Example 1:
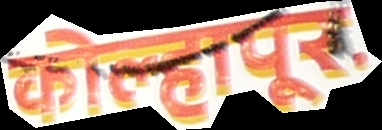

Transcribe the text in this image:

कोल्हापूर.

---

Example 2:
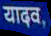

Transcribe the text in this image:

यादव,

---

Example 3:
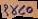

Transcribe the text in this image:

१४८०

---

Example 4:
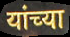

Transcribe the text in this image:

यांच्या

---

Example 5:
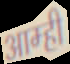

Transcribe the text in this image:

आम्ही